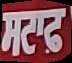
ਸਟਾਫ਼